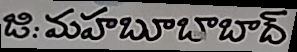
జి: మహబూబాబాద్